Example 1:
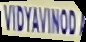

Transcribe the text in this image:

VIDYAVINOD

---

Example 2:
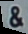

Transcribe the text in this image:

&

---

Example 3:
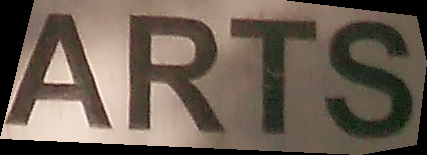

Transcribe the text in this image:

ARTS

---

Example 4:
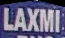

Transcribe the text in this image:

LAXMI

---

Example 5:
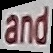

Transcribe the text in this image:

and